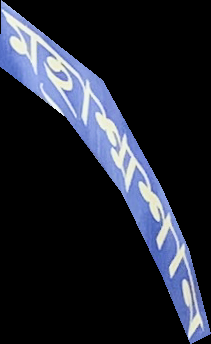
মহাশ্মশান